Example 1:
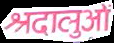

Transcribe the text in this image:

श्रदालुओं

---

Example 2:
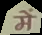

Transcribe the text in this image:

में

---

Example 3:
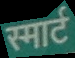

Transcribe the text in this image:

स्मार्ट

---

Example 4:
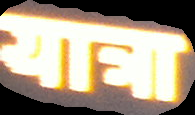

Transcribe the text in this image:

यात्रा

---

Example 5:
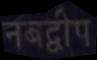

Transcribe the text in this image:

नबद्वीप